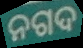
ନଗଦ